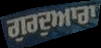
ਗੁਰਦੁਆਰਾ